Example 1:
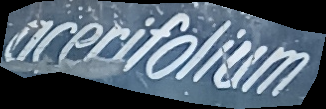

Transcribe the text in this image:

acerifolium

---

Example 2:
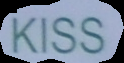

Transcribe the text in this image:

KISS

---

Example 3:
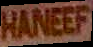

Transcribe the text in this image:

HANEEF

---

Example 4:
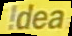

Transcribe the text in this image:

dea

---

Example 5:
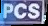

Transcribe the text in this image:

PCS